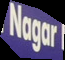
Nagar